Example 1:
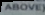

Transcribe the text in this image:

ABOVE)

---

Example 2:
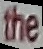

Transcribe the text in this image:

the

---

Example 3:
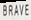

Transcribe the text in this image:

BRAVE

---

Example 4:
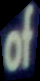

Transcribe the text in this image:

of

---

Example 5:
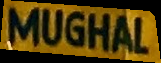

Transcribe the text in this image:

MUGHAL